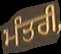
ਮੰਤਰੀ,